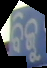
ବିଜୁ